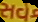
સર્વ